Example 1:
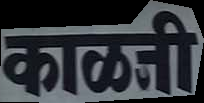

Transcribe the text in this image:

काळजी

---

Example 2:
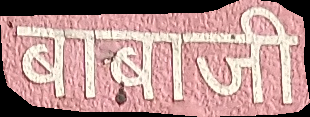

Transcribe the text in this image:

बाबाजी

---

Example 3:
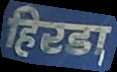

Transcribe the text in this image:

हिरडा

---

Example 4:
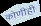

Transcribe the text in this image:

कोणीही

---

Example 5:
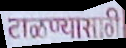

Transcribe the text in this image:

टाळण्यासाठी